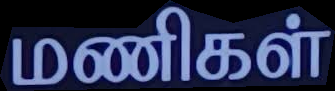
மணிகள்